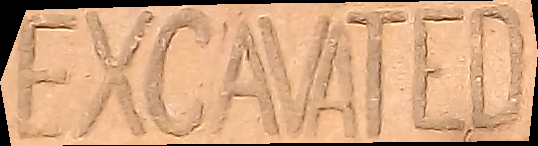
EXCAVATED